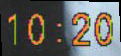
10:20